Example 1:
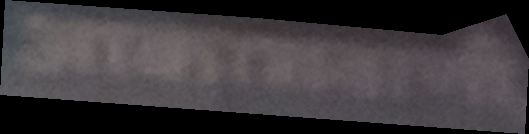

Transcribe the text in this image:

आकाशवाणी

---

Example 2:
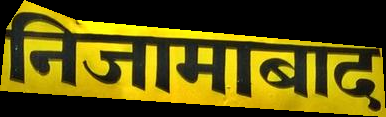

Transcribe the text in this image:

निजामाबाद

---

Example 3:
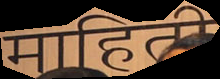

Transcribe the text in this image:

माहि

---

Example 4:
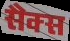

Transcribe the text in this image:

सैक्स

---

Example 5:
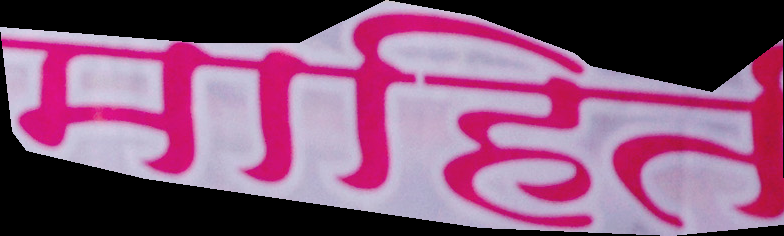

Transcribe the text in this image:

माहिती